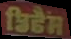
ਡਿਫੈਂਸ